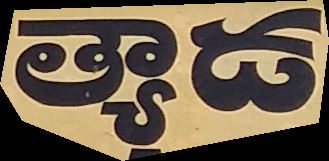
త్యడ